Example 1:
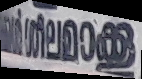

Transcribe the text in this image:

ൾശീലമാക്ക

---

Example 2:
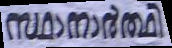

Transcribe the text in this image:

സ്ഥാനാർത്ഥി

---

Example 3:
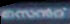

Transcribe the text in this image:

സെൻറ്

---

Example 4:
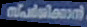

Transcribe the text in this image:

സ്‌പർജിക്കാൻ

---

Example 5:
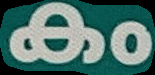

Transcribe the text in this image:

കം